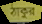
ঠাকুর